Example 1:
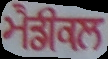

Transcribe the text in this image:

ਮੈਡੀਕਲ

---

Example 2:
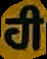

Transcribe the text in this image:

ਹੀ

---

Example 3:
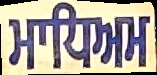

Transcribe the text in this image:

ਮਾਧਿਅਮ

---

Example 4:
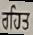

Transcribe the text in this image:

ਰਹਿਤ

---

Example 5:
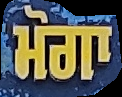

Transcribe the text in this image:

ਮੋਗਾ